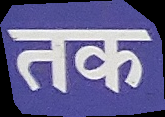
तक